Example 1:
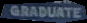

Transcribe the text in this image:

GRADUATE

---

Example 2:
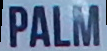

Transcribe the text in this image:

PALM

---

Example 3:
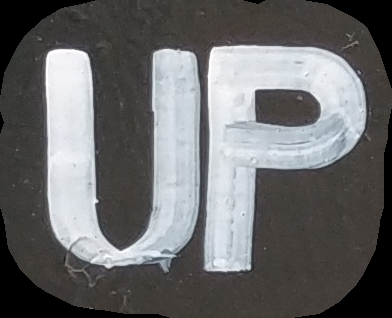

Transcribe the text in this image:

UP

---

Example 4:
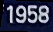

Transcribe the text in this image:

1958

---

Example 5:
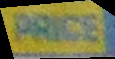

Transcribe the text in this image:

PRICE